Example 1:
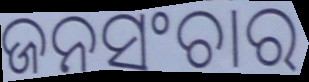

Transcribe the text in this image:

ଜନସଂଚାର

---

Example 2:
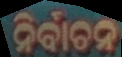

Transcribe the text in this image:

ନିର୍ବାଚନ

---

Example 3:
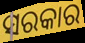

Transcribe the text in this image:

ସରକାର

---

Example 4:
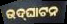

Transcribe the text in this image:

ଉଦ୍‌ଘାଟନ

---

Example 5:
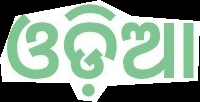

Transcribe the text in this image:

ଓଡ଼ିଆ